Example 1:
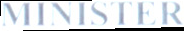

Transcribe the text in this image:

MINISTER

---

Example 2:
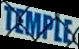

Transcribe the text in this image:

TEMPLE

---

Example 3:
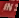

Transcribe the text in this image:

IN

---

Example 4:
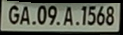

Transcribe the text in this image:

GA.09.A.1568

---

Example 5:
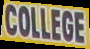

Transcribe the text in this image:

COLLEGE